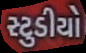
સ્ટુડીયો